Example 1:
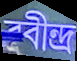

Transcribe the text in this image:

রবীন্দ্র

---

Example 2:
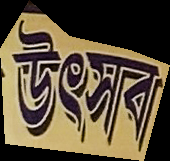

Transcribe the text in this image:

উৎসব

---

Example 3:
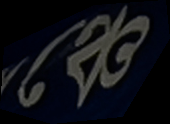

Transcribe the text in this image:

ঞ্চে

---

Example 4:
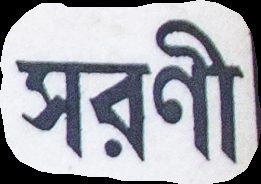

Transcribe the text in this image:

সরণী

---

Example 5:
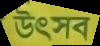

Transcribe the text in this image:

উৎসব